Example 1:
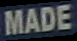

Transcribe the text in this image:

MADE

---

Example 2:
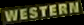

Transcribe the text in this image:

WESTERN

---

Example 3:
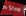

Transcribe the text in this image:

Stop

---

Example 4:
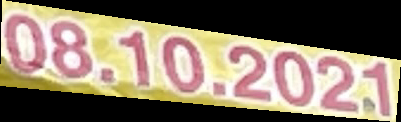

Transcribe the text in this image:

08.10.202.1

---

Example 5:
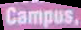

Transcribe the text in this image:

Campus,